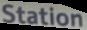
Station